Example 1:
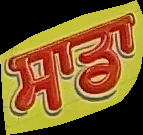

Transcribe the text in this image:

ਸਾਡਾ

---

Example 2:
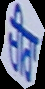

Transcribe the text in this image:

ਚੀਗਾ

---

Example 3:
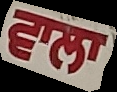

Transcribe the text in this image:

ਵਾਲਾ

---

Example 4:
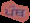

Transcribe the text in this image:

ਪੰਥ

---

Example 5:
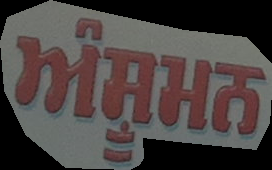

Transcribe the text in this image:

ਅੰਸੂਮਨ